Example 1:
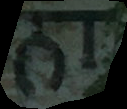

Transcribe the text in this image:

ਨਾ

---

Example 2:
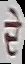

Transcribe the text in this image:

ਦੇ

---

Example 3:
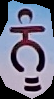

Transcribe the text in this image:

ਨੂੰ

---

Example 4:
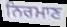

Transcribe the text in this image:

ਨਿਰਮਾਣ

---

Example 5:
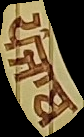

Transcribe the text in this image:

ਪੰਜਾਬ